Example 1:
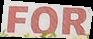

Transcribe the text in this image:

FOR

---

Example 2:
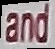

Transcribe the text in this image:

and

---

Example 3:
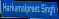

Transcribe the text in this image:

HarkamalpreetSingh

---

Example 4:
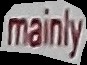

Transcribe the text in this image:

mainly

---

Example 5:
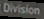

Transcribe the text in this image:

Division